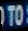
TO